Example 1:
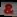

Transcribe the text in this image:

&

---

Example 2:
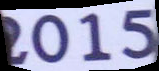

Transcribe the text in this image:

2015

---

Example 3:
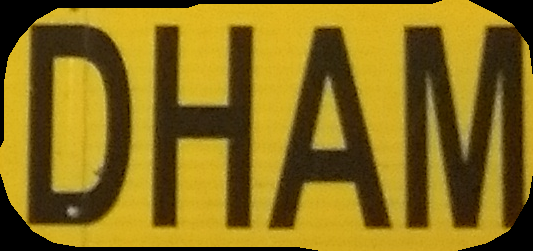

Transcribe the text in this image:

DHAM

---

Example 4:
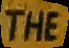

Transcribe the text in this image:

THE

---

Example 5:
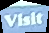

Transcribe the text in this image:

Visit